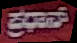
ಪ್ರಧಾನ್